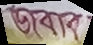
জাবার